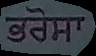
ਭਰੋਸਾ